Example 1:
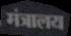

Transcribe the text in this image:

मंत्रालय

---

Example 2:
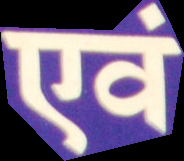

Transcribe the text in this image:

एवं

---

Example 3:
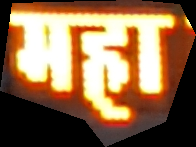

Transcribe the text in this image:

महा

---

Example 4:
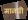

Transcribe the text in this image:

मानवी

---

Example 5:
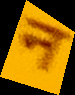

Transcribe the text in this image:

न